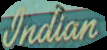
Indian